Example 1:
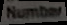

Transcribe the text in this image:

Number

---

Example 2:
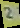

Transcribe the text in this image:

2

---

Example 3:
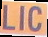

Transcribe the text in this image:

LIC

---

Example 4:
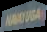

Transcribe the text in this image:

NAVAYUSA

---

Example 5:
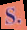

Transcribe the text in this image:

S.